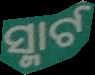
ସ୍ମାର୍ଟ